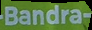
Bandra-